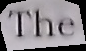
The